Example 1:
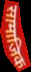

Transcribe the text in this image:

सामाजिक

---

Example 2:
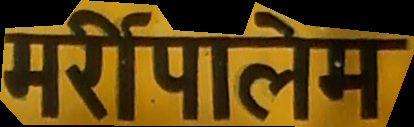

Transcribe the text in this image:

मर्रीपालेम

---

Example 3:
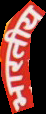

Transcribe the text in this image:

भारतीय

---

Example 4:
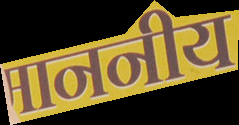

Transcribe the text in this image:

माननीय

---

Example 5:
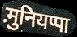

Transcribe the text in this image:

मुनियप्पा